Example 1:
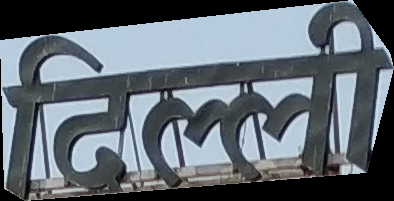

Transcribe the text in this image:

दिल्ली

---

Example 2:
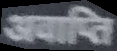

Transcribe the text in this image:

अवाप्‍ति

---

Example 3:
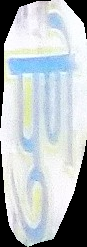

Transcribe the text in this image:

पुणे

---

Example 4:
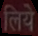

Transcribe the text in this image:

लिये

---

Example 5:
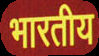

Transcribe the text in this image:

भारतीय